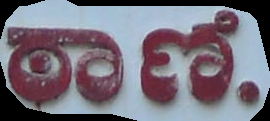
ಠಾಣೆ